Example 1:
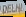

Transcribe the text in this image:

DELHI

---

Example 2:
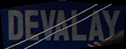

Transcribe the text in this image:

DEVALAY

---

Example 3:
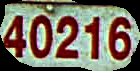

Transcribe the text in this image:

40216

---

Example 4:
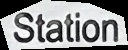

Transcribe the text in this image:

Station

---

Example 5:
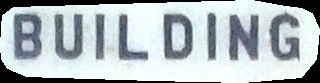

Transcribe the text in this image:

BUILDING